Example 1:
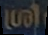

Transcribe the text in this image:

ശ്രീ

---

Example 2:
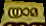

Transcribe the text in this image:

യാ‍മ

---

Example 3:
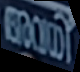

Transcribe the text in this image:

അവധി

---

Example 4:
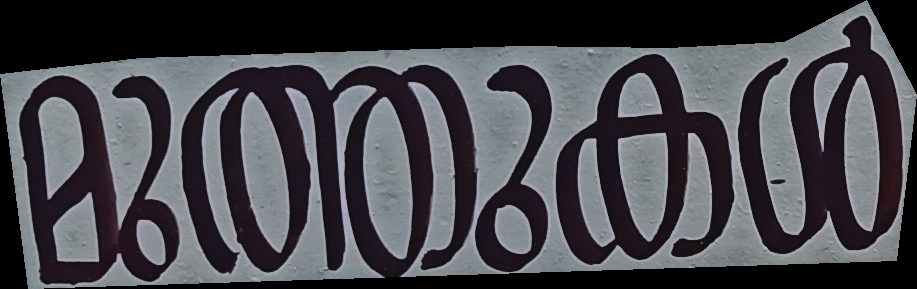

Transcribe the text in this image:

മുത്തുകൾ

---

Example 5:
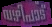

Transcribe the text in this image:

വഴിപാട്